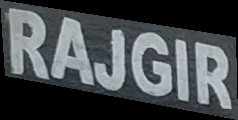
RAJGIR